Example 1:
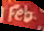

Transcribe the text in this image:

Feb.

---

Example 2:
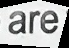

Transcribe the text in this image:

are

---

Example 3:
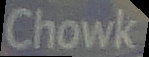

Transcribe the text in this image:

Chowk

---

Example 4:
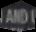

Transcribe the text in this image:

AND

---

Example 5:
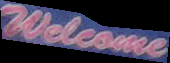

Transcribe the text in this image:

Welcome